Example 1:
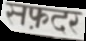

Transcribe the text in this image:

सफ़दर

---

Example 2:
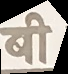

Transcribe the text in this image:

बी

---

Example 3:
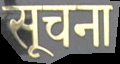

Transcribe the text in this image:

सूचना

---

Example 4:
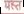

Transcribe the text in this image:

यह्त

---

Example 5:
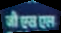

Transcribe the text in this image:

जीएसएल